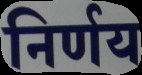
निर्णय